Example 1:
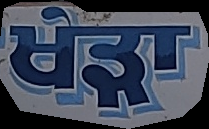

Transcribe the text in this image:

ਖੇੜਾ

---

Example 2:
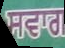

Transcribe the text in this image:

ਸਵਾਗ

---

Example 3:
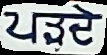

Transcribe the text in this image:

ਪੜ੍ਹਦੇ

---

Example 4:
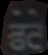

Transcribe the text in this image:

ਛੇਟੇ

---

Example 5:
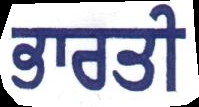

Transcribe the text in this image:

ਭਾਰਤੀ